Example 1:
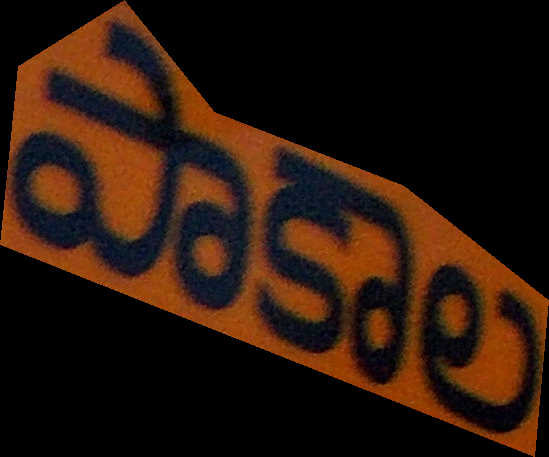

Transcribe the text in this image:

పాకాల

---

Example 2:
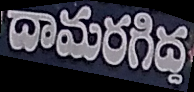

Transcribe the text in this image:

దామరగిద్ద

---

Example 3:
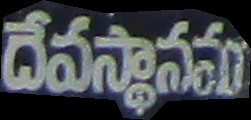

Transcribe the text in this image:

దేవస్థానమ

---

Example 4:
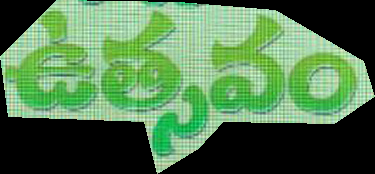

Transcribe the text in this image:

ఉత్సవం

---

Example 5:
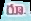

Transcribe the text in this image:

రూ